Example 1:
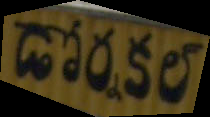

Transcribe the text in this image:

డోర్నకల్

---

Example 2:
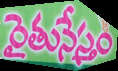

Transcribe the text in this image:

రైతునేస్తం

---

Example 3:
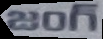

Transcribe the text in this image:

జంగ్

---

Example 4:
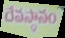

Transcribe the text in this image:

దేవస్థానం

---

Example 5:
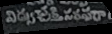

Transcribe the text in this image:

విడ్వు జేడి సకవరా